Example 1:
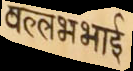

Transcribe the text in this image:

वल्लभभाई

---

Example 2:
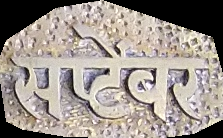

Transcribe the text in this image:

सप्टेंबर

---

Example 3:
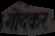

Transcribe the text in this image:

गोंदकर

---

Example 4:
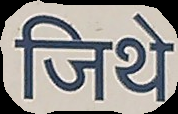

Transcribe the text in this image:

जिथे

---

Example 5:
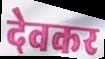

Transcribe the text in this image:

देवकर